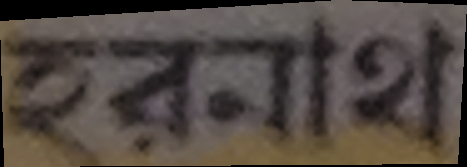
হরনাথ